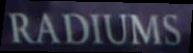
RADIUMS